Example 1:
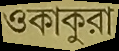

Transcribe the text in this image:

ওকাকুরা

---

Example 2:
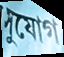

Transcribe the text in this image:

সুযোগ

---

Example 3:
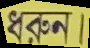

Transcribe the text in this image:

ধরুন৷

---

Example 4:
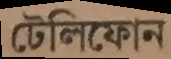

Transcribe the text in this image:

টেলিফোন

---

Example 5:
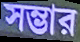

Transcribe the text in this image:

সম্ভার